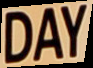
DAY